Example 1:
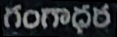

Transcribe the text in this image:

గంగాధర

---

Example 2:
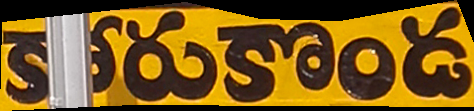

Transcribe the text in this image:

కారుకొండ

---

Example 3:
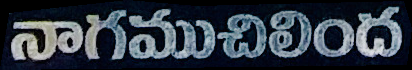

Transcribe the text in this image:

నాగముచిలింద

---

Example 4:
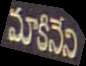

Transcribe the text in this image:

మాకినేని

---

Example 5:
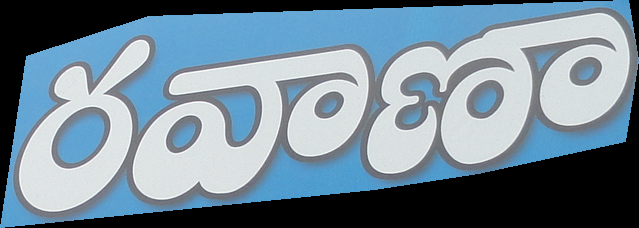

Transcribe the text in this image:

రవాణా